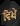
ਵਿਖੇ